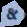
&